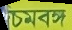
চমবঙ্গ